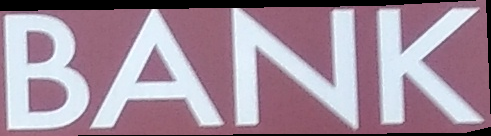
BANK